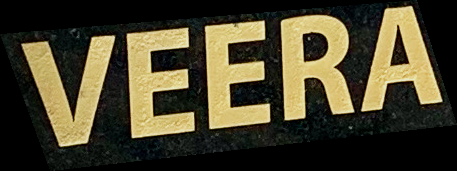
VEERA